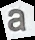
a